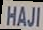
HAJI